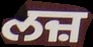
ਲਜ਼